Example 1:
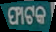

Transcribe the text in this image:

ଫାଟକ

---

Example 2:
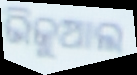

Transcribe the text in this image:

ଇିଜୁଆଲ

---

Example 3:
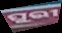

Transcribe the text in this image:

ପୁରୀ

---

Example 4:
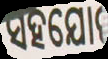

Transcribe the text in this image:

ସହଯୋ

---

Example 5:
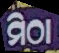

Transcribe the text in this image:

ମିଠା